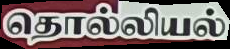
தொல்லியல்